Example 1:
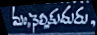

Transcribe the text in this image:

మః, నెల్లికుదురు .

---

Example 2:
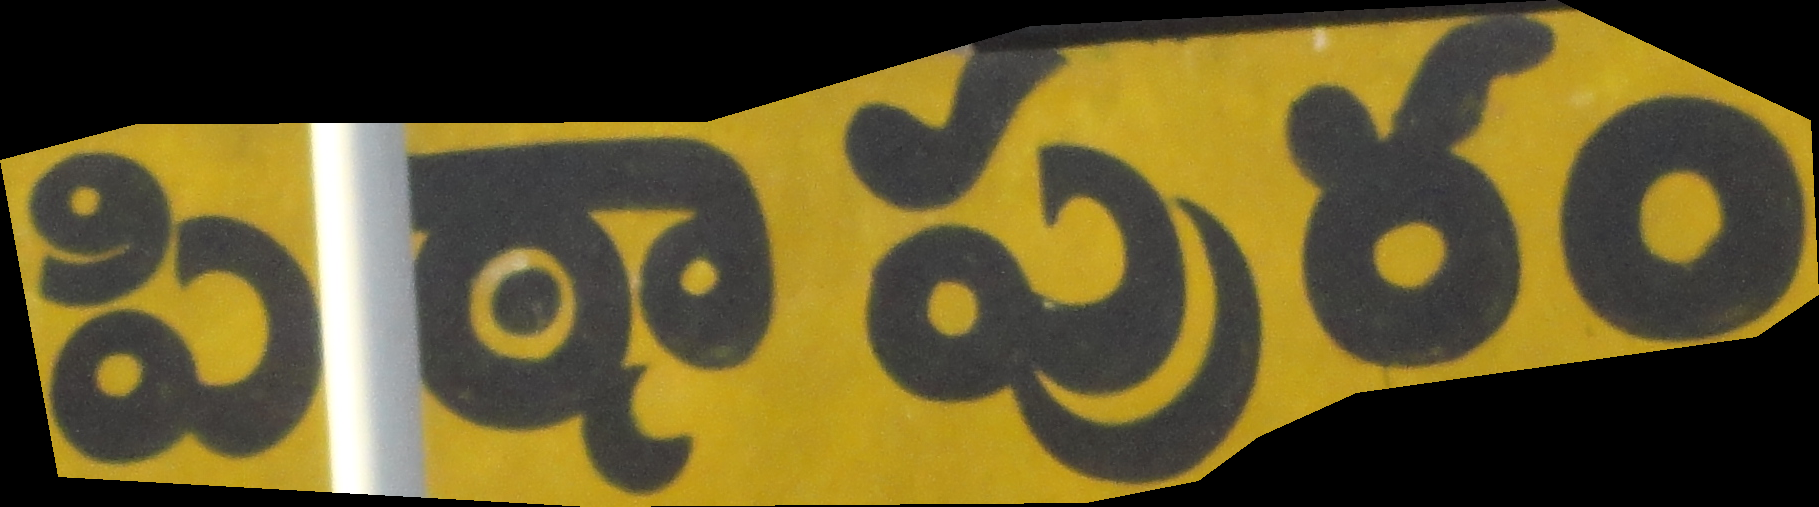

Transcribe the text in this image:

పిఠాపురం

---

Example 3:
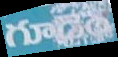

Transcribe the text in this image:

గూ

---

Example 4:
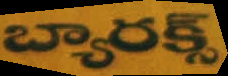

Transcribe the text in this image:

బ్యారక్స్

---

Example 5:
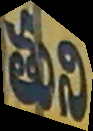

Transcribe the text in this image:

తుని